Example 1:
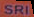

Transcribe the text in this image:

SRI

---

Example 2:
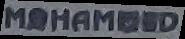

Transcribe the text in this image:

MOHAMBED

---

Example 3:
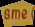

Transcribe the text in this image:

sme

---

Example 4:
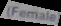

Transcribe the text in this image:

(Female)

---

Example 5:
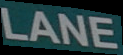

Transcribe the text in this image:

LANE